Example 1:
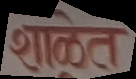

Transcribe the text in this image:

शाळेत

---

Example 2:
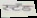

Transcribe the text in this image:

स्टँड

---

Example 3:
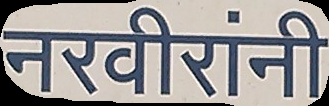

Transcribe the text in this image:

नरवीरांनी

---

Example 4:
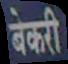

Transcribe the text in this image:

बेकरी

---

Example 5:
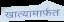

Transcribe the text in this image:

खात्यामार्फत